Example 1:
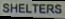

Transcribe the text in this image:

SHELTERS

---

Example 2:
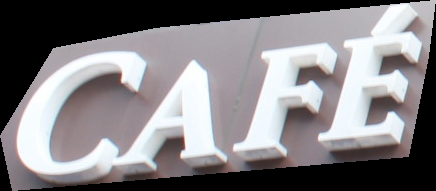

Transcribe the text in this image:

CAFE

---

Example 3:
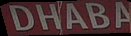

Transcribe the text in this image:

DHABA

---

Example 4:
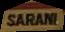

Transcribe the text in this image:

SARANI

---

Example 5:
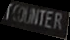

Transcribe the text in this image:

COUNTER